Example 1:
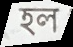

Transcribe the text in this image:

হল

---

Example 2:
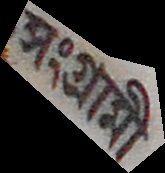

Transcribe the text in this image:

সংগ্রামী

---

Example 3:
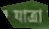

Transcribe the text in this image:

যাত্রা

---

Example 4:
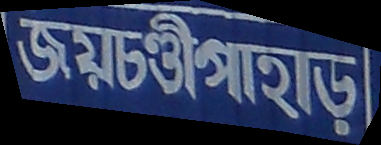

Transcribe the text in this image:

জয়ঢণ্ডীগাহাড়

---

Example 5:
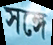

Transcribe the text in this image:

সঙ্গে